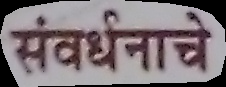
संवर्धनाचे